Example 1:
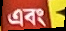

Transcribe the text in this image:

এবং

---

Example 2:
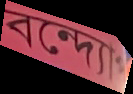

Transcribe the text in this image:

বন্দ্যোপ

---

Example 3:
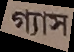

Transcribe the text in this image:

গ্যাস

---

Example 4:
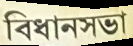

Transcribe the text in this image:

বিধানসভা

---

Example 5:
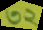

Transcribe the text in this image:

৩২